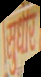
सुधीर